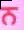
ਨ